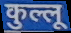
कुल्लू